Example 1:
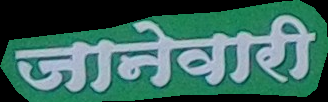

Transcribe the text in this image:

जानेवारी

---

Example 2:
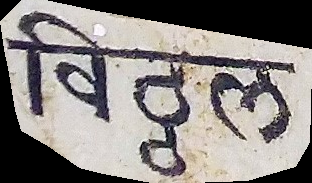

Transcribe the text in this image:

विठ्ठल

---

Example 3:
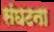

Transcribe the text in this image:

संघटना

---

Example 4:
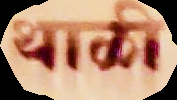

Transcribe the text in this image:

थाळी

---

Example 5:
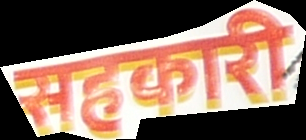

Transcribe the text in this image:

सहकारी